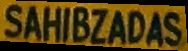
SAHIBZADAS